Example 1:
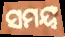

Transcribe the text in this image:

ସମୟ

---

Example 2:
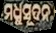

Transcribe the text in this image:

ମଧୁସୂଦନ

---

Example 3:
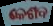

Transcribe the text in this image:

କେଶବ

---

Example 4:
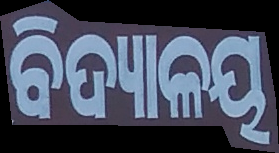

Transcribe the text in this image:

ବିଦ୍ୟାଳୟ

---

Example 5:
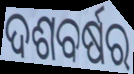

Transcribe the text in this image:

ଦଶବର୍ଷର